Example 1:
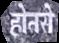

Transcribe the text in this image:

होतसे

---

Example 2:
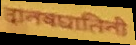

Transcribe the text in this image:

दानवघातिनी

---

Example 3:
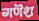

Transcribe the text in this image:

गणॆश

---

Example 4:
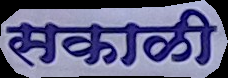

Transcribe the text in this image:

सकाळी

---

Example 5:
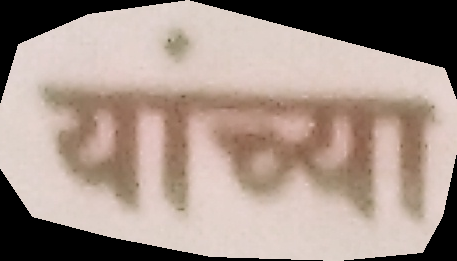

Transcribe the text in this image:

यांच्या